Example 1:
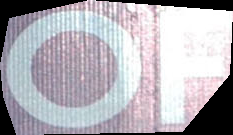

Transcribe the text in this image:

OF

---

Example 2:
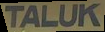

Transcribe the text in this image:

TALUK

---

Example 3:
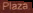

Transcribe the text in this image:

Plaza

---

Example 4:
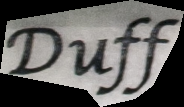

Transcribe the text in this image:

Duff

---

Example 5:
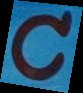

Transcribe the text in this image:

C